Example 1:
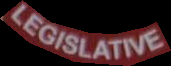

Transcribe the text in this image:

LEGISLATIVE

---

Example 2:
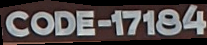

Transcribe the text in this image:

CODE-17184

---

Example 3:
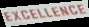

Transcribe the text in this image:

EXCELLENCE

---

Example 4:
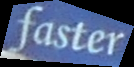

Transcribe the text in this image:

faster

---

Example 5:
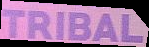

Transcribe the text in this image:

TRIBAL